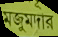
মজুমদার